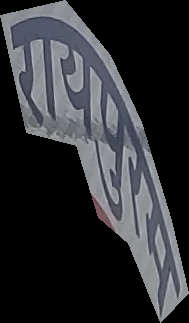
रायपुरम